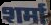
शर्मा